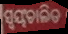
ସ୍ବୟଂଚାଳିତ